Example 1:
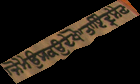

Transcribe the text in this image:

ਜੇਮੇਉਸਕਉਦੇਖੇਾਤਾਇਦूਸੇੇ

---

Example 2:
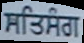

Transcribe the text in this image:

ਸਤਿਸੰਗ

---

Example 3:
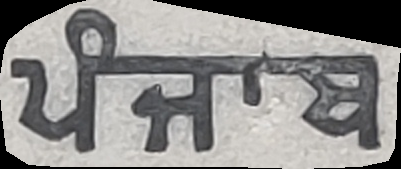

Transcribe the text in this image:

ਪੰਜਾਬ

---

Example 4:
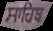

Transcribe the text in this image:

ਸਾਹਿਬ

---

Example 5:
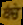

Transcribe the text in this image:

ਬੱਚੇ